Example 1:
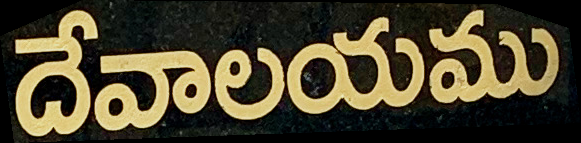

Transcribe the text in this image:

దేవాలయము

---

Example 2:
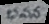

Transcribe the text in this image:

భవన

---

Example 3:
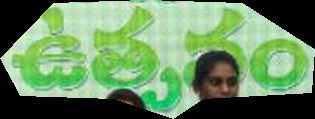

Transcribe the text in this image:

ఉత్సనం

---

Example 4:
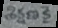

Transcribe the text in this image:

శిక్షణకై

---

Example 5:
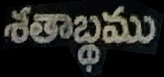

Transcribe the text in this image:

శతాబ్థము